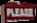
PLEASE